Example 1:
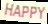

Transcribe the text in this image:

HAPPY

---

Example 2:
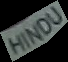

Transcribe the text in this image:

HINDU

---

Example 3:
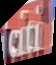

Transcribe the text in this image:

citi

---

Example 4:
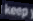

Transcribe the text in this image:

keep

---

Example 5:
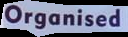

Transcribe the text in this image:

Organised